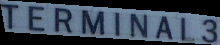
TERMINAL3